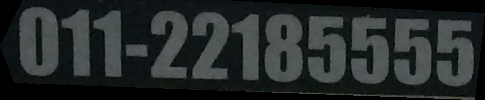
011-22185555